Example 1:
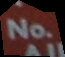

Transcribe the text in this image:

No.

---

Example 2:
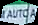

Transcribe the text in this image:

AUTOA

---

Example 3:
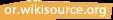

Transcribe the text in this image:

or.wikisource.org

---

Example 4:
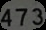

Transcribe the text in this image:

473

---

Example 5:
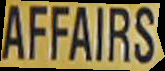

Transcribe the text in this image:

AFFAIRS